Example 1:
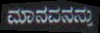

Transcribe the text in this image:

ಮಾನವನನ್ನು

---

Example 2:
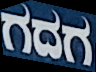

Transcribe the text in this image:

ಗದಗ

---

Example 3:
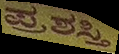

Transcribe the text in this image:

ಪ್ರಶಸ್ತಿ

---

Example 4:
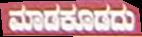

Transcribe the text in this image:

ಮಾಡಕೂಡದು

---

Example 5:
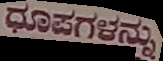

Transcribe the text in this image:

ಧೂಪಗಳನ್ನು